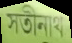
সতীনাথ